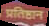
प्रतिष्ठान